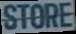
STORE